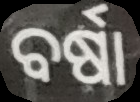
ବର୍ଷା